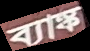
ব্যাঙ্ক